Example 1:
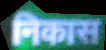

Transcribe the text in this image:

निकास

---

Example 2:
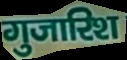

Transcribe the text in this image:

गुजारिश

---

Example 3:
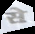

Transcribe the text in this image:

सेे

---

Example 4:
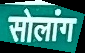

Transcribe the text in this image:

सोलांग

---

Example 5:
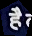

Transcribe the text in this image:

है